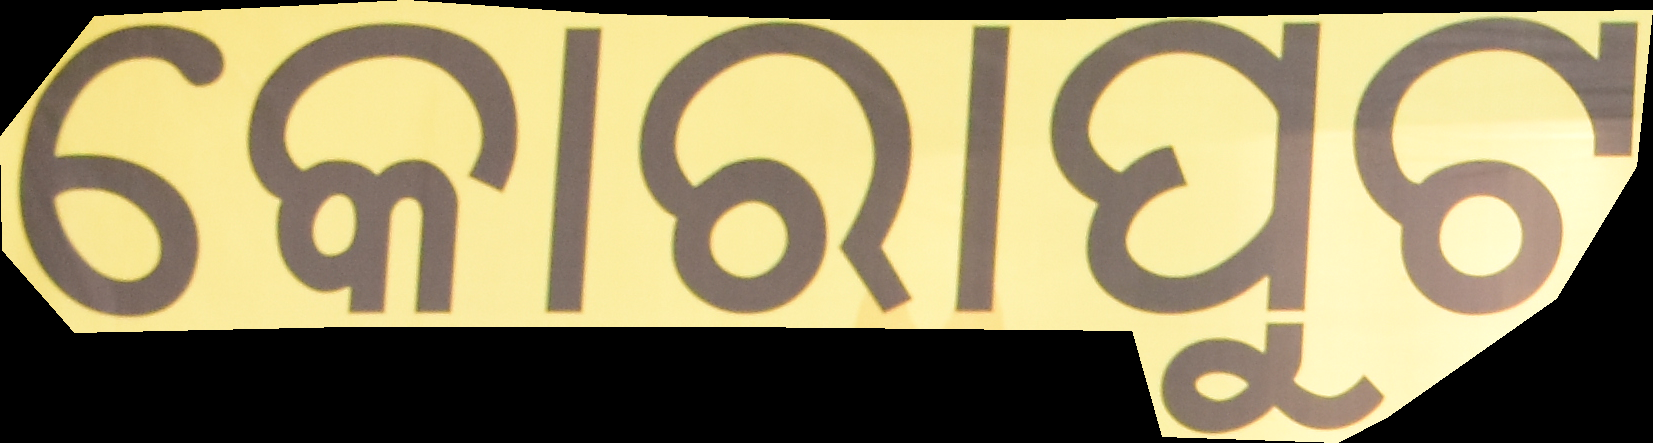
କୋରାପୁଟ